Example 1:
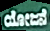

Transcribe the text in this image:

ಯೋಜನ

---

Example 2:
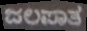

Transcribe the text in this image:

ಜಲಪಾತ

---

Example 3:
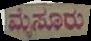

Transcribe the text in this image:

ಮೈಸೂರು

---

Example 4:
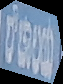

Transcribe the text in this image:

ಶೌಚಾಲಯ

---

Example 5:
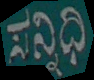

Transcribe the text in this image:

ಪನ್ನಿಧಿ